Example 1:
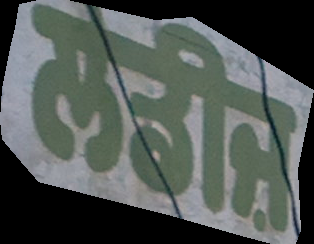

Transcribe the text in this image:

ਲਡੀਜ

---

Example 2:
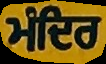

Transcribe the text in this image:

ਮੰਦਿਰ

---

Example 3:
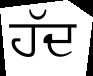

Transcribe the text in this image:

ਹੱਦ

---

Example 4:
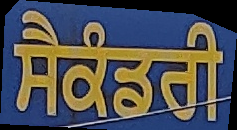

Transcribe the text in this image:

ਸੈਕੰਡਰੀ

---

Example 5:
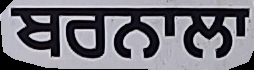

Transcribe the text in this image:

ਬਰਨਾਲਾ